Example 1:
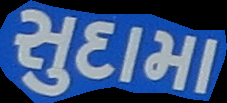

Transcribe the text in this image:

સુદામા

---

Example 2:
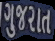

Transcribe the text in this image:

ગુજ૨ાત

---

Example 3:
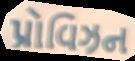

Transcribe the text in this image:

પ્રોવિઝન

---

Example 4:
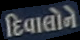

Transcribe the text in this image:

દિવાલોને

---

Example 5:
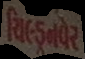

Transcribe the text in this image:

ચિલ્ડ્રનવેર